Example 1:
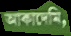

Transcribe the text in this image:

আকাদেমি,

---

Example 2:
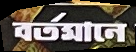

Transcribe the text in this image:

বর্তমানে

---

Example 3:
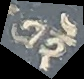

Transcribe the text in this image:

এই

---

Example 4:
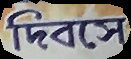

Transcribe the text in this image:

দিবসে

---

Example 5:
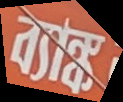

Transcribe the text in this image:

ব্যাঙ্ক